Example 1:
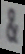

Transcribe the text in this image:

&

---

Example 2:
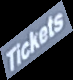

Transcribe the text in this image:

Tickets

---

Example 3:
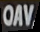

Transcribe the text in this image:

OAV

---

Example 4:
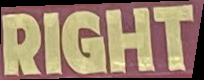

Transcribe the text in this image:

RIGHT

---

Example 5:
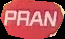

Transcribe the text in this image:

PRAN